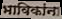
भाविकांना